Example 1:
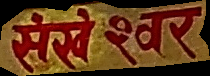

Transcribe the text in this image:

संखेश्वर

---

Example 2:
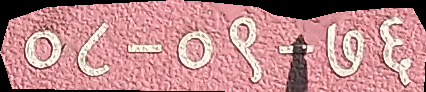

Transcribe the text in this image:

०८-०९-७६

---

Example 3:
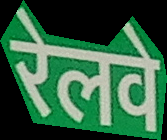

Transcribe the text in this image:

रेलवे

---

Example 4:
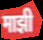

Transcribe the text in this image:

माझी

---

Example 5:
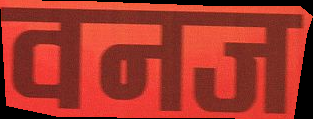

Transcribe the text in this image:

वनज